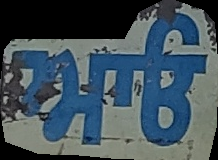
ਆਓ